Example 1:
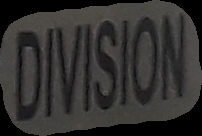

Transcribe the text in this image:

DIVISION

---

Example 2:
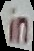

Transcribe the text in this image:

in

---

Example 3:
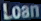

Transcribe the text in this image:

Loan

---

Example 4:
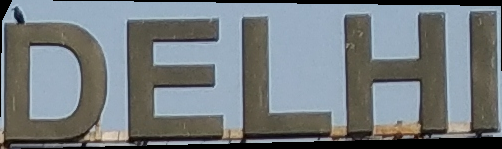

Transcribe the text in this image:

DELHI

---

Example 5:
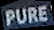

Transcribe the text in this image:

PURE